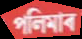
পলিমাৰ